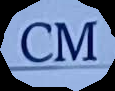
CM